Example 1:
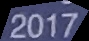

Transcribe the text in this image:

2017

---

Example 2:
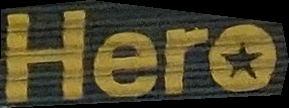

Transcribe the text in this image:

Hero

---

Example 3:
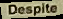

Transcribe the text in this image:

Despite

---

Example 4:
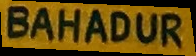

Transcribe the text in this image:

BAHADUR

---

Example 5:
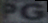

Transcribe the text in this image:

PG